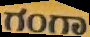
ಗಂಗಾ